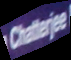
Chatterjee